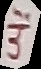
ਤੋਂ